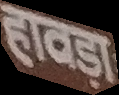
हावड़ा